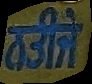
ਨਤੀਜੇ